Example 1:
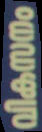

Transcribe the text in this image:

വികസനം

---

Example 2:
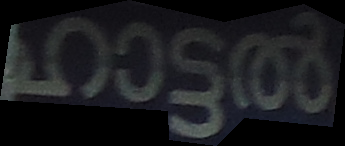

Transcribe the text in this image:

ഹാട്ടൽ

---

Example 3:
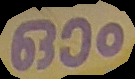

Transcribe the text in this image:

ഓം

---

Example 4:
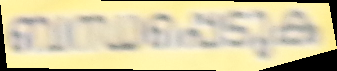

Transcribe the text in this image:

ബന്ധപ്പെടുക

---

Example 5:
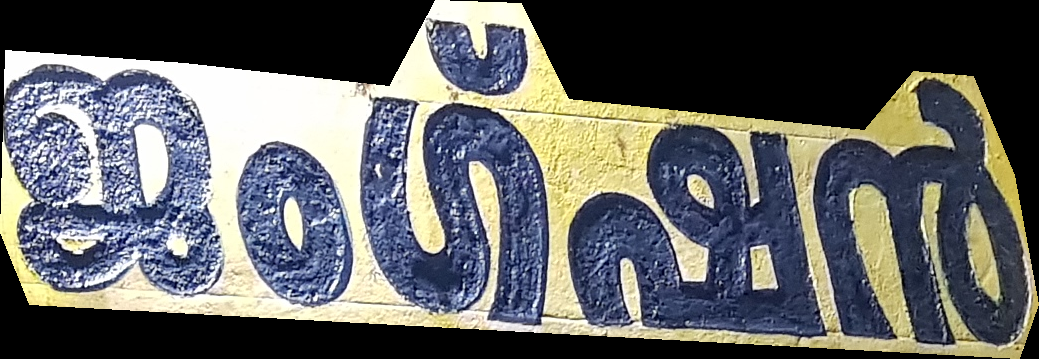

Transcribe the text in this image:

ജംഗ്ഷൻ